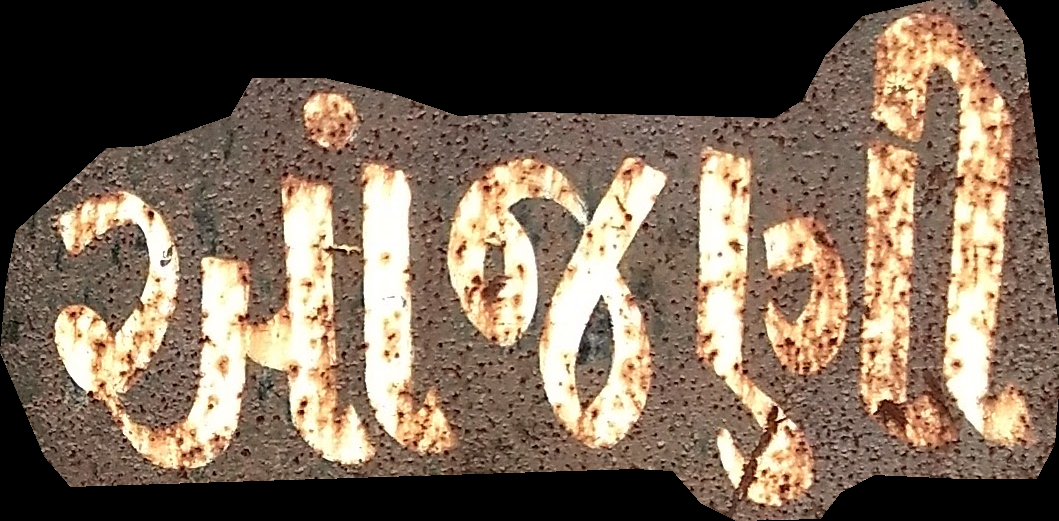
આજણી